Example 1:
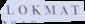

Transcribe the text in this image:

LOKMAT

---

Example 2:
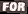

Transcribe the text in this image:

FOR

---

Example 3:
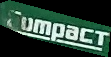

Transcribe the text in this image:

umpact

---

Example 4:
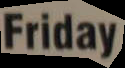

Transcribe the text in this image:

Friday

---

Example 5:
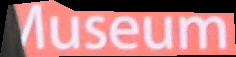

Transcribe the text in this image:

Museum